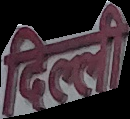
दिल्ली